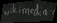
wikimedia